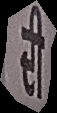
ਦੀ